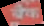
बैंक